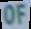
OF